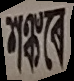
শঙ্কৰে